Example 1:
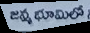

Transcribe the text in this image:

జన్మ భూమిలో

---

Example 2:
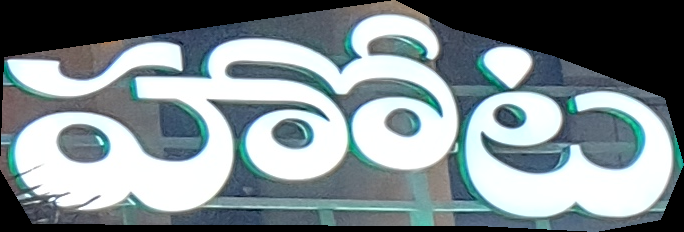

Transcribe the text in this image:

హోట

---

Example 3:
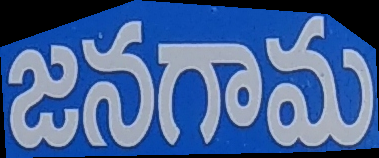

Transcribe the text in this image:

జనగామ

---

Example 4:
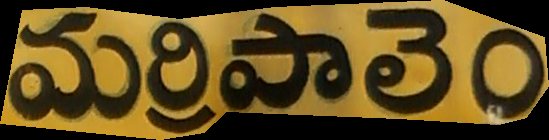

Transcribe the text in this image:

మర్రిపాలెం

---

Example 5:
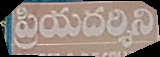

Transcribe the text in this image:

ప్రేయదర్శిని